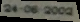
24-06-2002